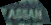
ASSAM